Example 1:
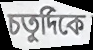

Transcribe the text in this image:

চতুর্দিকে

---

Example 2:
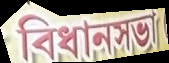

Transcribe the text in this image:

বিধানসভা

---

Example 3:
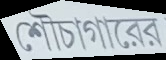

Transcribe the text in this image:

শৌচাগারের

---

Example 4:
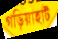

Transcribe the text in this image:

গড়িয়াহাট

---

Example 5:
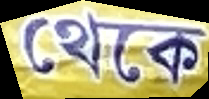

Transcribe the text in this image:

থেকে